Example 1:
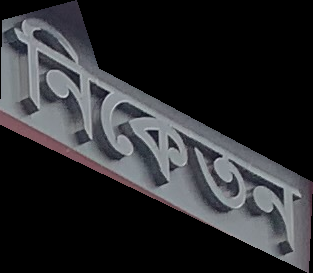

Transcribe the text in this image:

নিকেতন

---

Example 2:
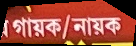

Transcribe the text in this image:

ব গায়ক/নায়ক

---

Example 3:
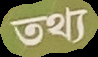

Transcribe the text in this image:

তথ্য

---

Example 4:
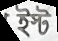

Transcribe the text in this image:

ইস্ট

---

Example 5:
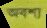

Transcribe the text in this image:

অবশ্য